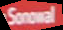
Sonowal